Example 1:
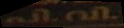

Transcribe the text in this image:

പി.വി.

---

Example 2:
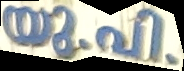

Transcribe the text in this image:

യു.പി.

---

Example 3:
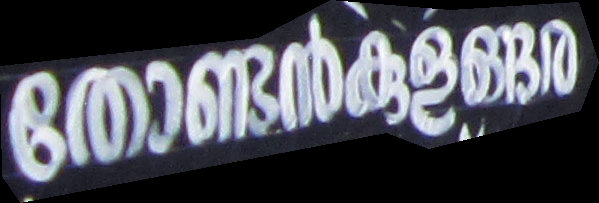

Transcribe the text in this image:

തോണ്ടൻകുളങ്ങര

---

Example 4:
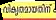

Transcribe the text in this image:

വികൃതമായതിന്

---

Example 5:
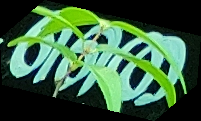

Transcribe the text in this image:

തെെ